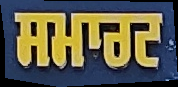
ਸਮਾਰਟ